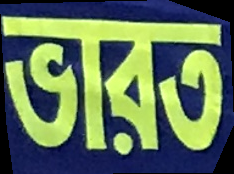
তারত